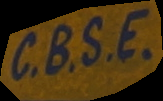
C.B.S.E.